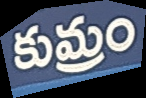
కుమ్రం